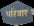
परिवार